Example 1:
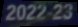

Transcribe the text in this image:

2022-23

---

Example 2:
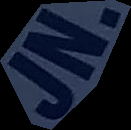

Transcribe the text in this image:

JN.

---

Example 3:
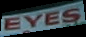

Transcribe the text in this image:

EYES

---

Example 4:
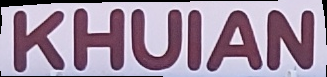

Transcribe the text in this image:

KHUIAN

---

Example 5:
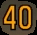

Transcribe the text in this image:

40